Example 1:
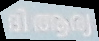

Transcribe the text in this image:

ദിആര്യ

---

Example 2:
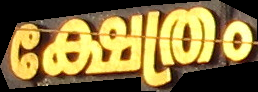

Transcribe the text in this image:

ക്ഷേത്രം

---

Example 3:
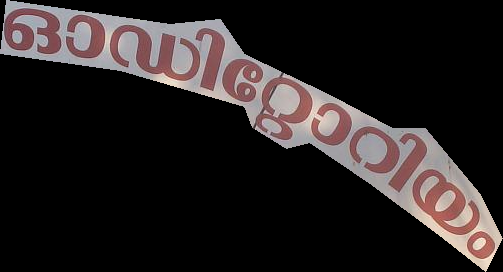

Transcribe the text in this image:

ഓഡിറ്റോറിയം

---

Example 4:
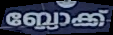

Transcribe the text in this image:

ബ്ലോക്ക്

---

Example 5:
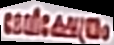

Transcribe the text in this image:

ദേവീഃ ക്ഷത്രം